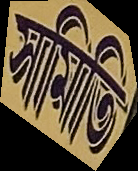
সমিতি